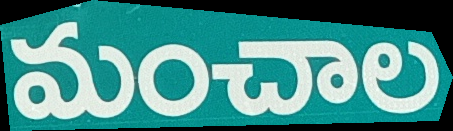
మంచాల